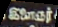
இளைஞர்